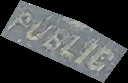
PUBLIC